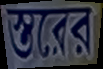
স্তরের